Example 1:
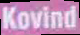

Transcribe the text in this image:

Kovind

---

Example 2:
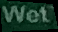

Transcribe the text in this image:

Wet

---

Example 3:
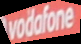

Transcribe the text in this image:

vodafone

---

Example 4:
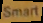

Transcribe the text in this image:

Smart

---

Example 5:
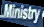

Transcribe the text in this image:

Ministry